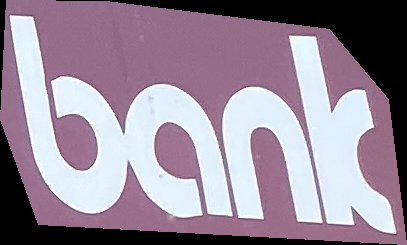
bank